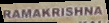
RAMAKRISHNA